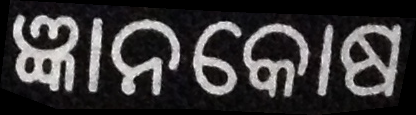
ଜ୍ଞାନକୋଷ